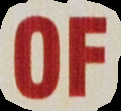
০৮